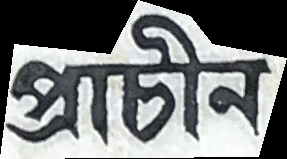
প্রাচীন